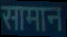
सामान